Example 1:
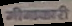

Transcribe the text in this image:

मीनाकारी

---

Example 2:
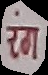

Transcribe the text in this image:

रंग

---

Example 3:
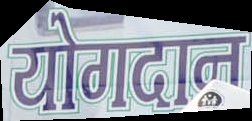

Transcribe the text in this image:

योगदान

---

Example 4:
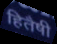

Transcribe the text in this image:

हितैषी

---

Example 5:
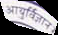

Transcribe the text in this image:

आयुर्विज्ञान